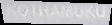
KOTHAMUKU